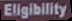
Eligibility